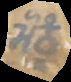
ਮੋਨੂੰ